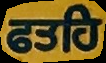
ਫਤਹਿ